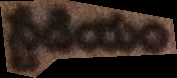
స్టేడియం